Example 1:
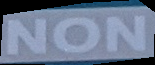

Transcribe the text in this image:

NON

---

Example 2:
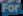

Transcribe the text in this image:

For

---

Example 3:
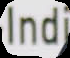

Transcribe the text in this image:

Indi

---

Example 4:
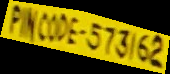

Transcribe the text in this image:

PINCODE-573162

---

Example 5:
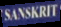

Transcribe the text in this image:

SANSKRIT